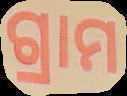
ଗ୍ରାମ